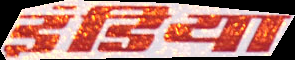
इंडिया